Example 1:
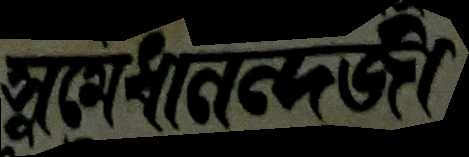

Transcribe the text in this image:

সুমেধান্দজী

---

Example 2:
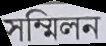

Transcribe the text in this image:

সম্মিলন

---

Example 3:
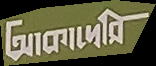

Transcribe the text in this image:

আকাদেরি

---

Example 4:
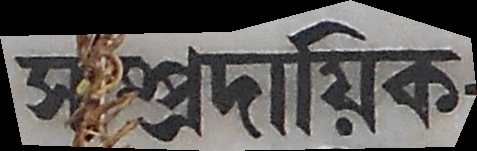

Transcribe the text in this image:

সম্পদায়িক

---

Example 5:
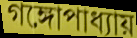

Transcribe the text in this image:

গঙ্গোপাধ্যায়